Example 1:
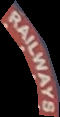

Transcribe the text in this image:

RAILWAYS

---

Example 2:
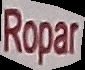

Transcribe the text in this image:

Ropar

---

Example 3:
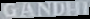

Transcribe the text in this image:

GANDHI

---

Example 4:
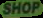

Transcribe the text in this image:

SHOP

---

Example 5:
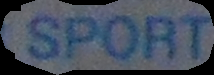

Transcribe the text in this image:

SPORT